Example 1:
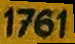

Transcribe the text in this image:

1761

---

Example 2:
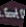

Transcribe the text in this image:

Govt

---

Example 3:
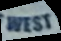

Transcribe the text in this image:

WEST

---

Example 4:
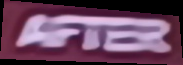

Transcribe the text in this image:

AFTER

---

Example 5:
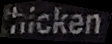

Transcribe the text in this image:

hicken